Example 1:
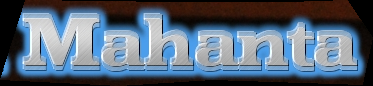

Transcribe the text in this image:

Mahanta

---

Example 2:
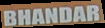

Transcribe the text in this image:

BHANDAR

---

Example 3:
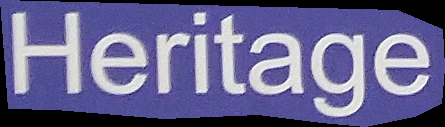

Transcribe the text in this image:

Heritage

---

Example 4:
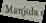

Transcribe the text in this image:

Manjula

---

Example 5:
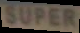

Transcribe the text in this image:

SUPER